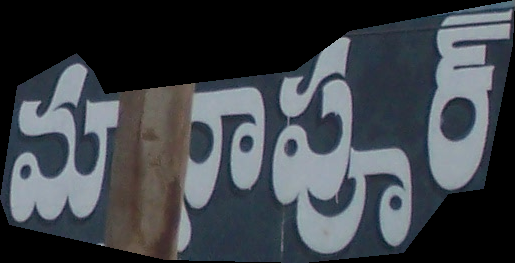
మరాపూర్